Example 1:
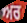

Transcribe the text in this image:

ਅਰ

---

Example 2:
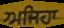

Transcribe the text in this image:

ਅਜਿਹਾ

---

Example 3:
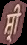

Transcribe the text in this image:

ਸ਼੍ਰੀ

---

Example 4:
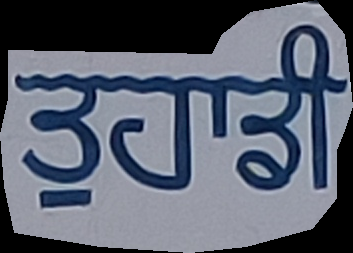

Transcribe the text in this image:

ਤੁਹਾਡੀ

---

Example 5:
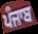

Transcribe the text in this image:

ਪੰਜਾਬ